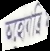
অহেনরি